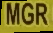
MGR